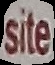
site